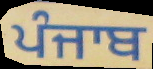
ਪੰਜਾਬ